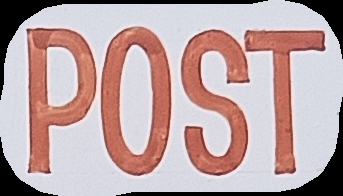
POST